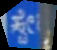
ಸ್ಪೇ